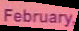
February.